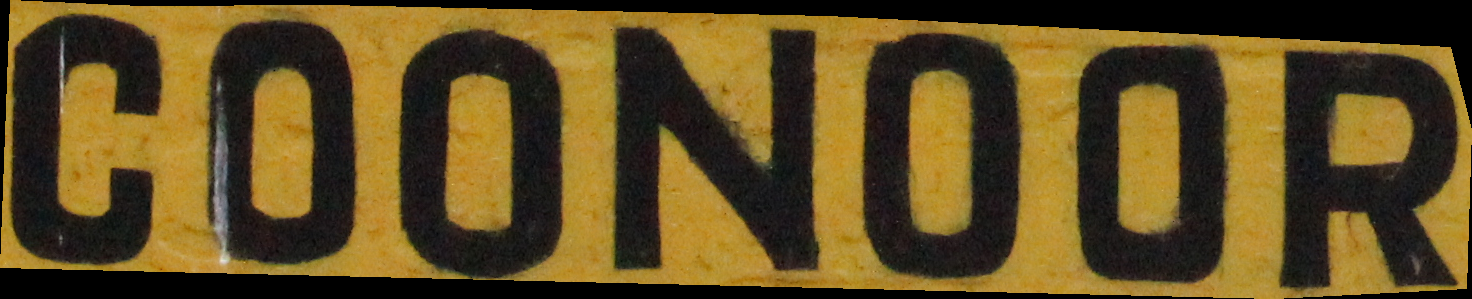
COONOOR